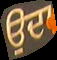
ਉਦਾ